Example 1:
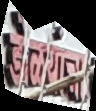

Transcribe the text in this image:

डोळयांचा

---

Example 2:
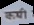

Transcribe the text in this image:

कयी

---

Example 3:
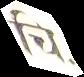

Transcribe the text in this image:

चि.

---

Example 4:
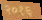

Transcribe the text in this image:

२०१६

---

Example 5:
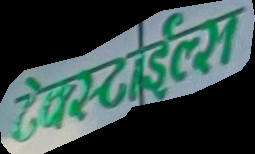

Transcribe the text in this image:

टेक्स्टाईल्स